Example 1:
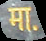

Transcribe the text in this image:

मा.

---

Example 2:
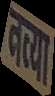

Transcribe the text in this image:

नव्या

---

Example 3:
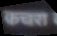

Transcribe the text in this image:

कचरा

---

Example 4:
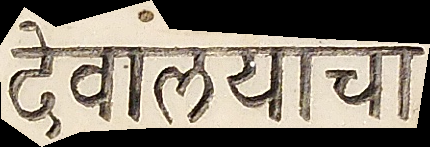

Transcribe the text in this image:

देवांलयाचा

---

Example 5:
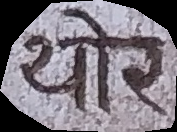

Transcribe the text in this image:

थोर